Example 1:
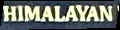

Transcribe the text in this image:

HIMALAYAN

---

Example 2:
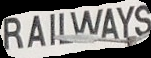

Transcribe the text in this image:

RAILWAYS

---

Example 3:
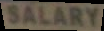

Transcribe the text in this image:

SALARY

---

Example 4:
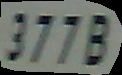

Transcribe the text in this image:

377B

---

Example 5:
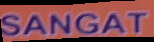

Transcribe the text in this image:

SANGAT